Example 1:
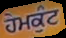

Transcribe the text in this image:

ਹੇਮਕੁੰਟ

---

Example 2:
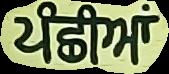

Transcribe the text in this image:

ਪੰਛੀਆ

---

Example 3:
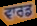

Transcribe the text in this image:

ਵਾਰਡ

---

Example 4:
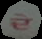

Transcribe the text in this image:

ਦੇ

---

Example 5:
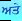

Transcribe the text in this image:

ਅਤੇ